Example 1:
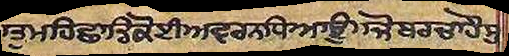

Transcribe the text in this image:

ਤੁਮਹਿਛਾਡਿਕੋਈਅਵਰਨਧਿਆਊ॥ਜੋਬਰਚਾਹੈਸੁ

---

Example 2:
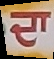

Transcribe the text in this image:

ਦਾ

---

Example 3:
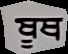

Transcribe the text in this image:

ਥੂਥ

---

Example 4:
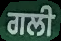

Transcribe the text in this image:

ਗਲੀ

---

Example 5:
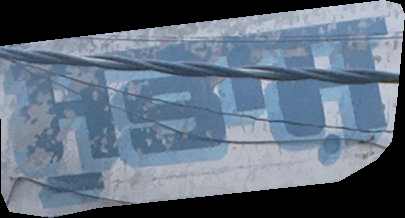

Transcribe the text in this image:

ਸੁਤਾਸ਼